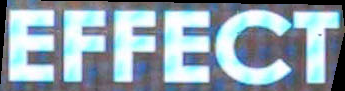
EFFECT